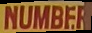
NUMBER